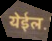
येईलः